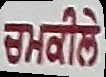
ਚਮਕੀਲੇ